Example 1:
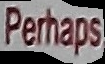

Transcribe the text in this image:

Perhaps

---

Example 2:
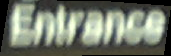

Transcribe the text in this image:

Entrance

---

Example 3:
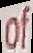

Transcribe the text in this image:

of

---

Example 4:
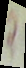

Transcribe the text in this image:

2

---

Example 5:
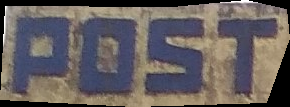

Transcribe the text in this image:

POST